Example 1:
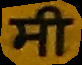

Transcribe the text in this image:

ਸੀ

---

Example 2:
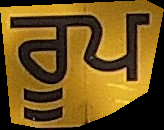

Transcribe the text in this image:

ਰੂਪ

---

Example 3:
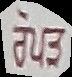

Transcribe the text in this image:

ਰੋਪੜ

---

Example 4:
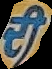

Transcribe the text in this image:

ਦੀ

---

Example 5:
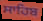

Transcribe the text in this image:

ਸਾਹਿਬ